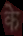
के